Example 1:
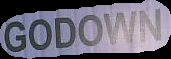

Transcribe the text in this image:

GODOWN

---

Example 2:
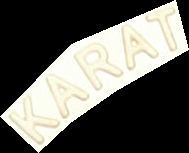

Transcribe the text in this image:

KARAT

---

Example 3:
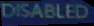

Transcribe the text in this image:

DISABLED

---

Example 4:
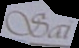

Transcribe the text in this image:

Sai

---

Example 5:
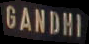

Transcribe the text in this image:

GANDHI